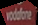
vodafone